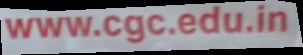
www.cgc.edu.in